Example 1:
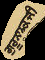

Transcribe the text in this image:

ਗੁਰੂਨਾਨਕ ਜੀ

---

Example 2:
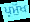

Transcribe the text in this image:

ਪ੍ਰਮੁੱਖ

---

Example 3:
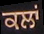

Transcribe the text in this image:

ਕਲਾਂ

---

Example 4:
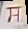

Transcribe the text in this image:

ਸ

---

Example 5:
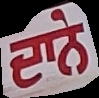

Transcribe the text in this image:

ਦਾਨੇ